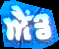
ਐਂਡ